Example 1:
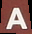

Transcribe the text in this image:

A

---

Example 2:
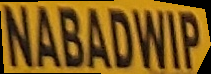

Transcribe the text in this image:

NABADWIP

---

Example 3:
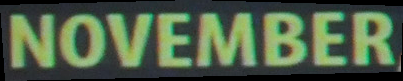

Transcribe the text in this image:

NOVEMBER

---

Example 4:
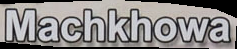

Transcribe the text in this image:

Machkhowa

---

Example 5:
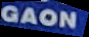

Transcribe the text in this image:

GAON